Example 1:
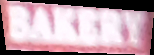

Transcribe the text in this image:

BAKERY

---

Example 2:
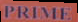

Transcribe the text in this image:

PRIME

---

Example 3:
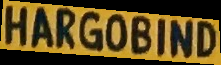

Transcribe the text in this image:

HARGOBIND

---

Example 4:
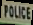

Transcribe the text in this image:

POLICE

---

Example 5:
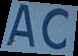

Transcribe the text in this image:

AC